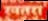
खतरा